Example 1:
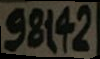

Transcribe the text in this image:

98142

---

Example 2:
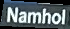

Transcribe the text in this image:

Namhol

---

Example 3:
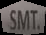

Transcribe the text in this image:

SMT.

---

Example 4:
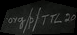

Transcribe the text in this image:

org/p/TTL20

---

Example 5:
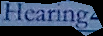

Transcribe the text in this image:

Hearing